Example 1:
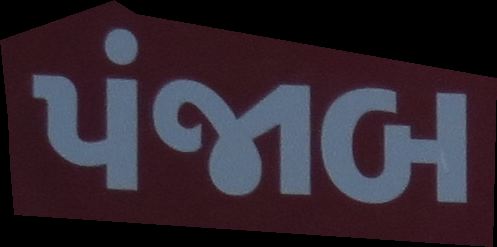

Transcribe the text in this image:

પંજાબ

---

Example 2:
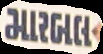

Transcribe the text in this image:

મારબલ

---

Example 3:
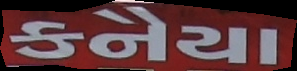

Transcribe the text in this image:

કનૈયા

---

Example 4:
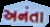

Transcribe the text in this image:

અનંતા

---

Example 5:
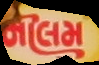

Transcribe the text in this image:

નીલમ